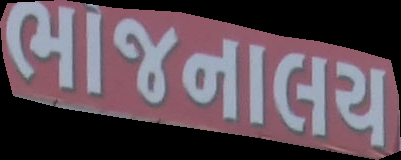
ભોજનાલચ